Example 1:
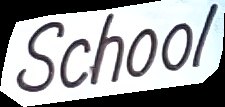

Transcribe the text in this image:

School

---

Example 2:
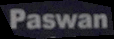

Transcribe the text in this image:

Paswan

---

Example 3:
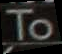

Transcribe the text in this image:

To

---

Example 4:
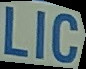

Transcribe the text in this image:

LIC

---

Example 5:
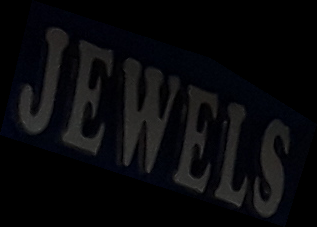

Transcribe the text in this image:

JEWELS